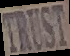
TRUST